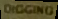
DIGGING